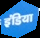
इंडिया